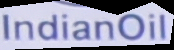
IndianOil